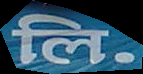
लि.